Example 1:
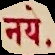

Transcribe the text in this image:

नये.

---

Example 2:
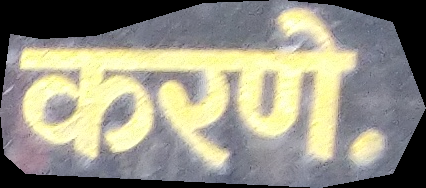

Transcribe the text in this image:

करणे.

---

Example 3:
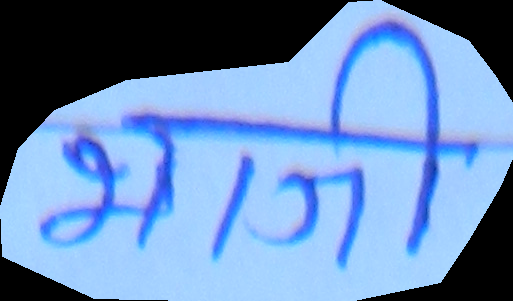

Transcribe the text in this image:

भाजी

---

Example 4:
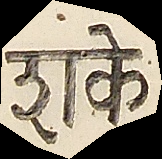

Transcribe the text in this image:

शके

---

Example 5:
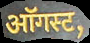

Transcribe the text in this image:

ऑगस्ट,